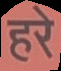
हरे